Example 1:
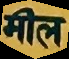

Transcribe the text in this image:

मील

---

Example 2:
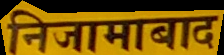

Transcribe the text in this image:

निजामाबाद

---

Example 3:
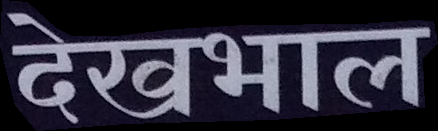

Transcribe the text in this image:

देखभाल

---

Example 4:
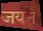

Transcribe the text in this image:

ज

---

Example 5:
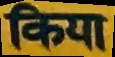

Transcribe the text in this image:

किया